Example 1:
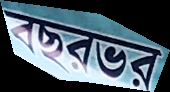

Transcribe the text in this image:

বছরভর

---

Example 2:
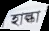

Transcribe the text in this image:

হাল্কা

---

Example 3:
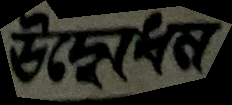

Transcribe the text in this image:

উদ্বোধন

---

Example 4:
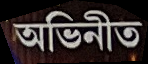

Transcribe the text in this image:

অভিনীত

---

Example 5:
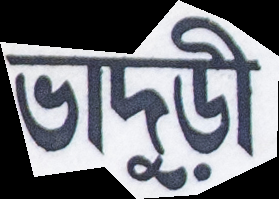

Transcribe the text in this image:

ভাদুড়ী